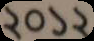
২০১২